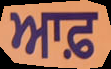
ਆਫ਼